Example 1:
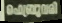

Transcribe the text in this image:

ഫെബ്രുവരീ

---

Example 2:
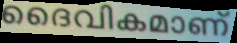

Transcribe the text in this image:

ദൈവികമാണ്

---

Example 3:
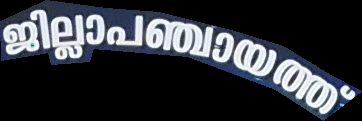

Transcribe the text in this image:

ജില്ലാ‍പഞ്ചായത്ത്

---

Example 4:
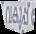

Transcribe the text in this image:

വകുപ്പ്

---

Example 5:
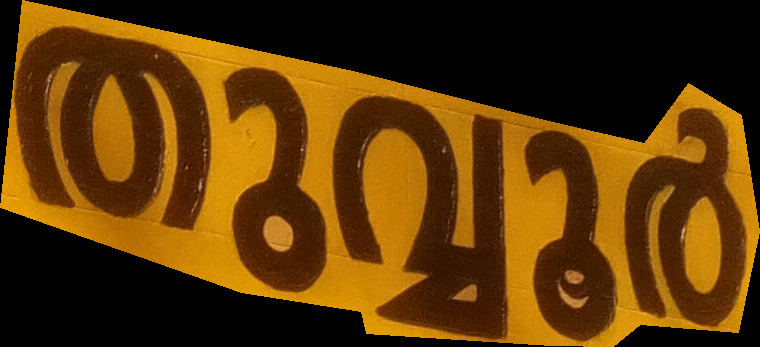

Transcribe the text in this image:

തുവ്വൂർ